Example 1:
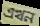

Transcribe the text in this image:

এখন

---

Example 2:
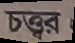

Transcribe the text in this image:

চত্ত্বর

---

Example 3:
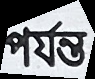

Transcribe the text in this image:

পর্যন্ত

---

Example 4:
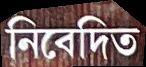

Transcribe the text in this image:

নিবেদিত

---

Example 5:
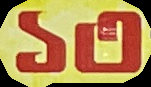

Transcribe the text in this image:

১৩